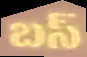
బస్